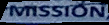
MISSION